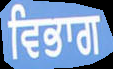
ਵਿਭਾਗ